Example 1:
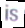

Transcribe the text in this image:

is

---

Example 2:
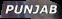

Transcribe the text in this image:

PUNJAB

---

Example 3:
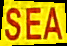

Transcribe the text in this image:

SEA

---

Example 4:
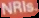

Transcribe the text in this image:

NRls.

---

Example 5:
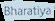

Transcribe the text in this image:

Bharatiya